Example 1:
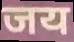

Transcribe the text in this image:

जय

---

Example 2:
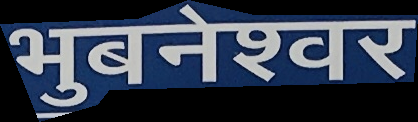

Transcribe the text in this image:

भुबनेश्‍वर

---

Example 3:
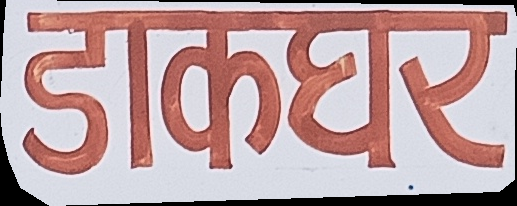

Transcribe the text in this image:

डाकघर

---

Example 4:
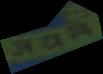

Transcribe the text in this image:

ज य ते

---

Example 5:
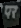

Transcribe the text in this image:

प‍‍र